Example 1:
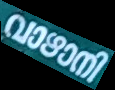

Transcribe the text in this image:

വാഴാനി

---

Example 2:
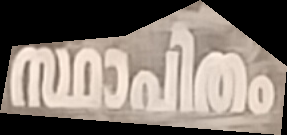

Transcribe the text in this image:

സ്ഥാപിതം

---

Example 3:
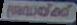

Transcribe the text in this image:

ശ്രദ്ധയ്ക്ക്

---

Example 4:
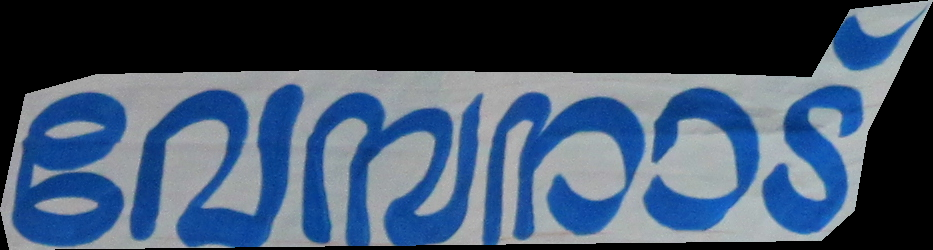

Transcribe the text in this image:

വേമ്പനാട്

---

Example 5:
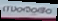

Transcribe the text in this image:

സം‌രംഭം